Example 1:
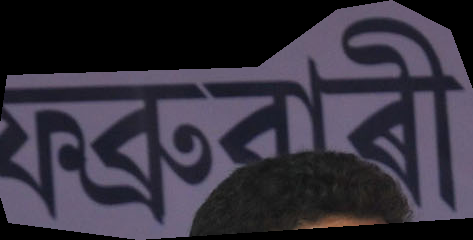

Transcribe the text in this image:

ফেব্রুৱাৰী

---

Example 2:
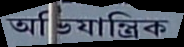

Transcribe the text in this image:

অভিযান্ত্রিক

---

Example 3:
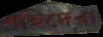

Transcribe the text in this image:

শহিদেৱা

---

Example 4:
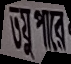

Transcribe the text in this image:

তযুপাৱে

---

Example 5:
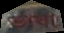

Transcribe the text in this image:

ভাষা